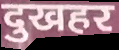
दुखहर